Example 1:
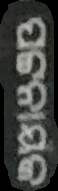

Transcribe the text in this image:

ପଟ୍ଟନାୟକ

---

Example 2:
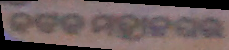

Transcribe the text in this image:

କଟକ ମହାନଗର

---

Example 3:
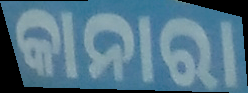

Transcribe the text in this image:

କାନାରା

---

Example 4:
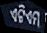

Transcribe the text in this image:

ଏଟିଏମ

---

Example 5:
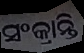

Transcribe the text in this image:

ସଂକ୍ରାନ୍ତି